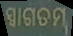
ସ୍ବାଗତମ୍